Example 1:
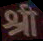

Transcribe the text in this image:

श्री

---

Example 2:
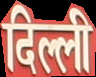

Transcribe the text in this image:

दिल्ली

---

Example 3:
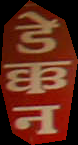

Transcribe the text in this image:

डेक्कन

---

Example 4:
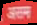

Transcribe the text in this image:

असम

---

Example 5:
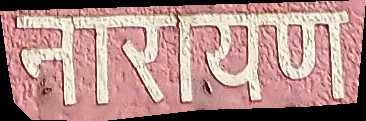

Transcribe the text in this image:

नारायण